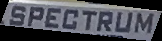
SPECTRUM